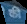
की